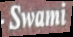
Swami